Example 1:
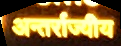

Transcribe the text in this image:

अन्तर्राज्यीय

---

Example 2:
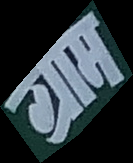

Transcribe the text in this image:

ग्राम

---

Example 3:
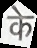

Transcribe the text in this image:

के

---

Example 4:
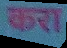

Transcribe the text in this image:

करा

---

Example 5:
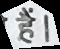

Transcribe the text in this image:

हैं।